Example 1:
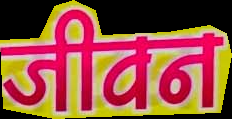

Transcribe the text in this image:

जीवन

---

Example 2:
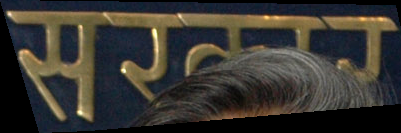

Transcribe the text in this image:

सर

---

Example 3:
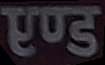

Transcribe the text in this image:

एण्ड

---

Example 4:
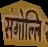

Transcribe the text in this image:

संगोल्लि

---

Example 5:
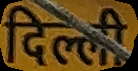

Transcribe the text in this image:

दिल्ली